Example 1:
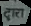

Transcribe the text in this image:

दारा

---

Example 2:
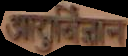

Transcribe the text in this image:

आयुर्विज्ञान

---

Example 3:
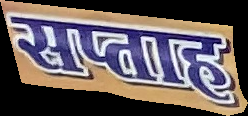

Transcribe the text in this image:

सप्ताह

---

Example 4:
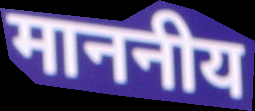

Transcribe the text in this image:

माननीय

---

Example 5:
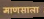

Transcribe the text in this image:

माणसाला